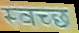
स्वच्छ